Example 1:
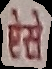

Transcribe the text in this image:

ऐसे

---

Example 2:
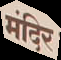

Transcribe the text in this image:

मंदिर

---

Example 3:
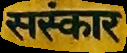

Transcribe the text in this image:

संस्कार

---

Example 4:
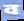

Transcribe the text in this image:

व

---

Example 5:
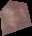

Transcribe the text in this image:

है